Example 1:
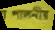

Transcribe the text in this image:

পালনীয়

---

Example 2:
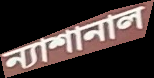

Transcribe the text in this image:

ন্যাশানাল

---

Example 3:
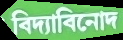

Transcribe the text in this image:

বিদ্যাবিনোদ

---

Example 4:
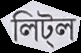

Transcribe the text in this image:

লিট্ল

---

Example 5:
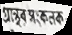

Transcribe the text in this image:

গ্রন্থের সংকলক